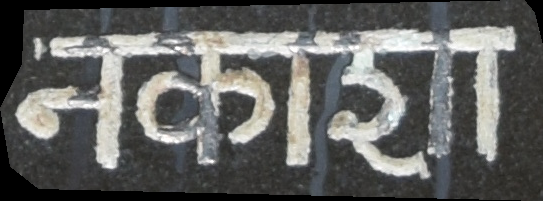
नकाशा